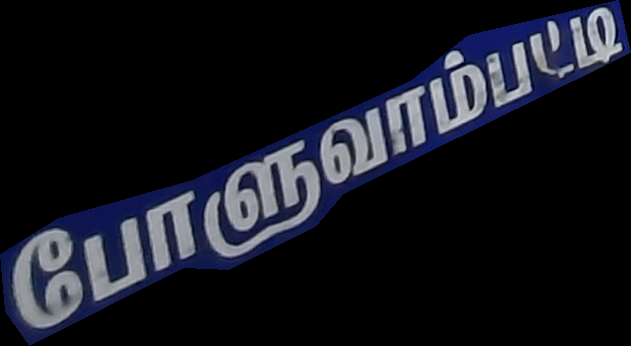
போளுவாம்பட்டி